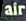
air